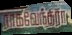
ராகவேந்தரா